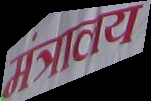
मंत्रालय